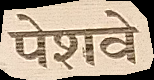
पेशवे